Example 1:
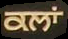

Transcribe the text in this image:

ਕਲਾਂ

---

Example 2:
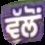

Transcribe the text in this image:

ਵੱਲੋਂ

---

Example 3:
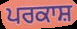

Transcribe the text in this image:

ਪਰਕਾਸ਼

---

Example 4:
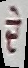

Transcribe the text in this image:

ਦੇ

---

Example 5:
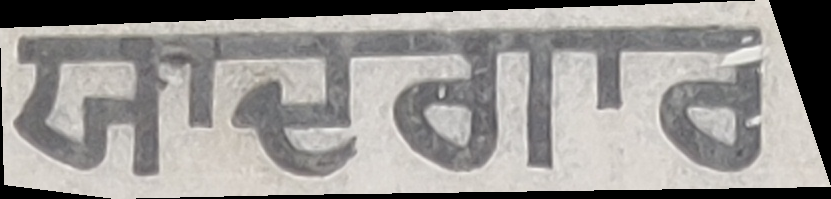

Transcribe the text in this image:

ਯਾਦਗਾਰ